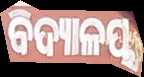
ବିଦ୍ୟାଳୟ